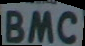
BMC